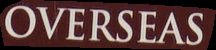
OVERSEAS